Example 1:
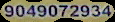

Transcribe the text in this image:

9049072934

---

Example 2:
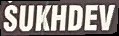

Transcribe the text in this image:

SUKHDEV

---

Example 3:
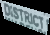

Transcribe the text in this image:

DISTRICT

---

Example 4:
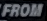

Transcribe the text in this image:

FROM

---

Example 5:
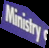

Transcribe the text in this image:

Ministry